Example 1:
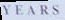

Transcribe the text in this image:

YEARS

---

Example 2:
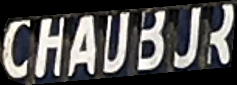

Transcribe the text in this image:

CHAUBJR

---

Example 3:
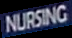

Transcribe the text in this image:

NURSING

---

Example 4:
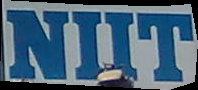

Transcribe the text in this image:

NIIT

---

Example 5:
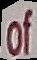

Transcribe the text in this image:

of